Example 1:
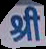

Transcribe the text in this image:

श्री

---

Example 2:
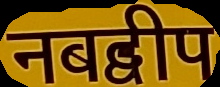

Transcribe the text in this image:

नबद्वीप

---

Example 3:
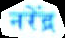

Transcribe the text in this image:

नरेंद्र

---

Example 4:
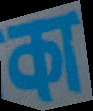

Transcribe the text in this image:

का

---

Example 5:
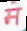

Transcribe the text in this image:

मे